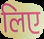
लिए